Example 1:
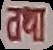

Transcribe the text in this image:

तथा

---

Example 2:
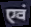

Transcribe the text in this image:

एवं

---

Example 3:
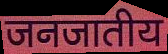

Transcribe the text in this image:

जनजातीय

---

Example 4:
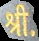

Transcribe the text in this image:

श्री.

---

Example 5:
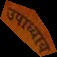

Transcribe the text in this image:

उपाध्याय